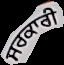
ਸਰਕਾਰੀ